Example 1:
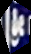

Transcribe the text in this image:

be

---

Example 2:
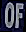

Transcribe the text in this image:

OF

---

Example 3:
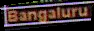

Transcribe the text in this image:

Bangaluru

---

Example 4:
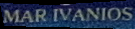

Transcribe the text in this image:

MARIVANIOS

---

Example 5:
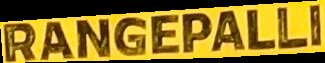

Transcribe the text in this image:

RANGEPALLI